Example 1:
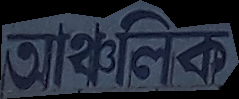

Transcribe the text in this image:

আঞ্চলিক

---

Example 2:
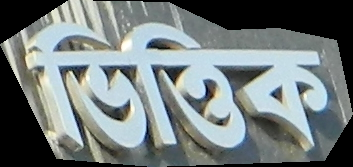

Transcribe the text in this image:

ভিত্তিক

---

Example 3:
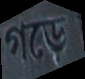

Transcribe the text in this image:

গড়ে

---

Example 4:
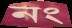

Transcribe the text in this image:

নং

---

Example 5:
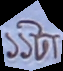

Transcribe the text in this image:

১১টা